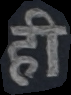
ह‍ी